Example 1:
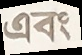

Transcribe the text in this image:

এবং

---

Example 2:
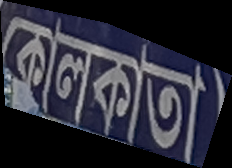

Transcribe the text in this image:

কোলকাতা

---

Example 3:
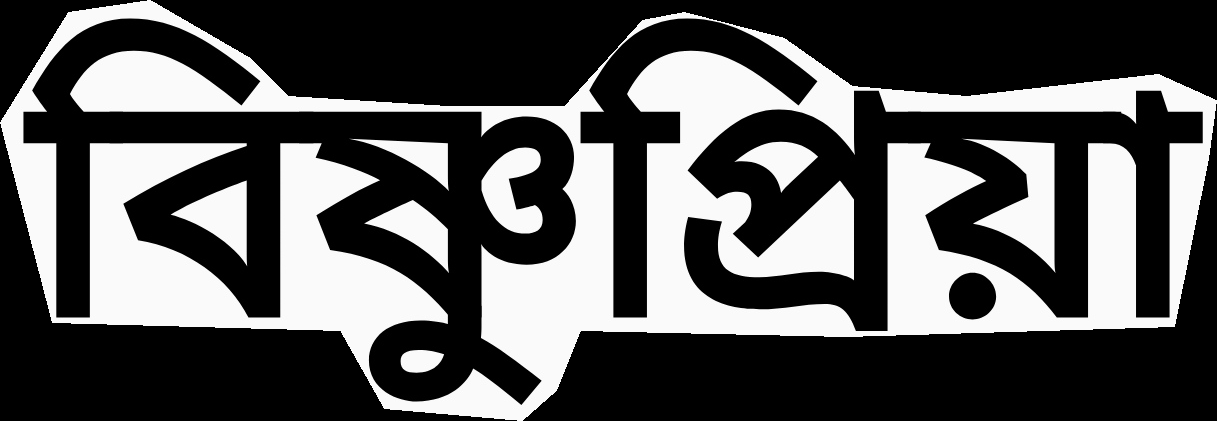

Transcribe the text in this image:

বিষ্ণুপ্রিয়া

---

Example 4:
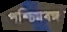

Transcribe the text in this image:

পশ্চিমবঙ্গ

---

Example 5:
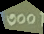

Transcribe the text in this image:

৩০০